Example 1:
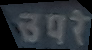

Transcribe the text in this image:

उपरे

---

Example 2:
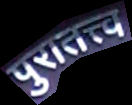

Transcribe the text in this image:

पुरातत्व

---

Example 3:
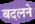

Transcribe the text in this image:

बदलने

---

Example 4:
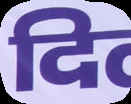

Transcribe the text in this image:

दि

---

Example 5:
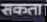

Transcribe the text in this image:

सकता